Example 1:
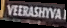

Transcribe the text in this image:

VEERASHIVA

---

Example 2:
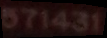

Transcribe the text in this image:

571431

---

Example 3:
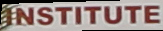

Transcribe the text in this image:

INSTITUTE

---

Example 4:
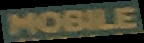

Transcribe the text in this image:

MOBILE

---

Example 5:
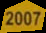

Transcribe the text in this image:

2007